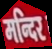
मन्दिर